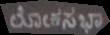
ಲೋಕಸಭಾ